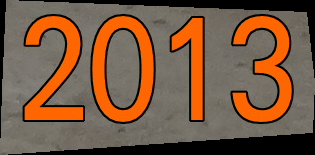
2013